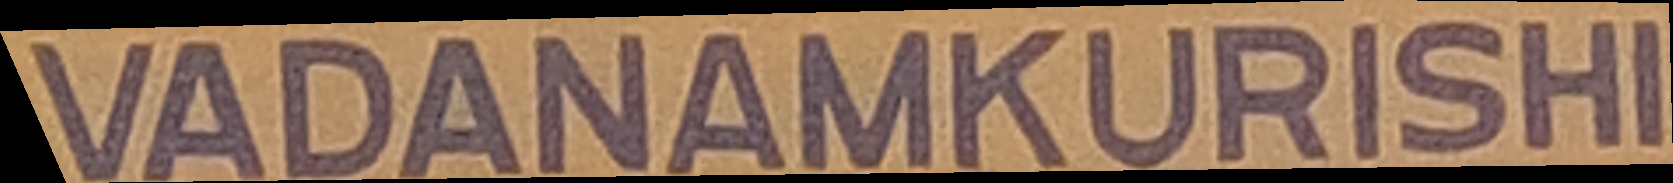
VADANAMKURISHI